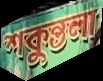
শকুন্তলা